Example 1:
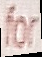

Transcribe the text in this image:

for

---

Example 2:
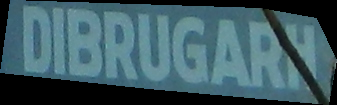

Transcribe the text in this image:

DIBRUGARH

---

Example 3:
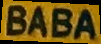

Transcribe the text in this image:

BABA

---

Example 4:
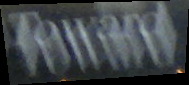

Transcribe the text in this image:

Towand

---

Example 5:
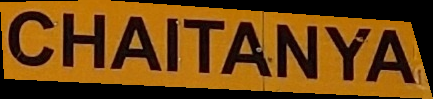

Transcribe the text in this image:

CHAITANYA